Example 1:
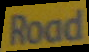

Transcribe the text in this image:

Road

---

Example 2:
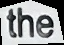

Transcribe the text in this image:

the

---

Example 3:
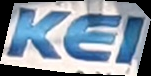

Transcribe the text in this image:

KEI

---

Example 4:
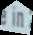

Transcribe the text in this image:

in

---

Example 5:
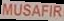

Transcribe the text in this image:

MUSAFIR